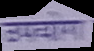
उपयोग